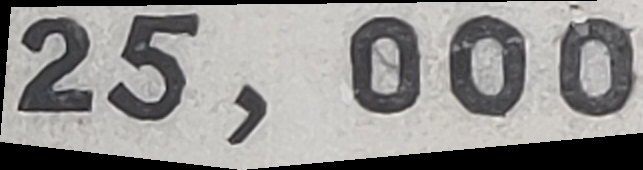
25,000